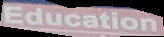
Education